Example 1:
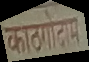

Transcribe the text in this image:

काठगोदाम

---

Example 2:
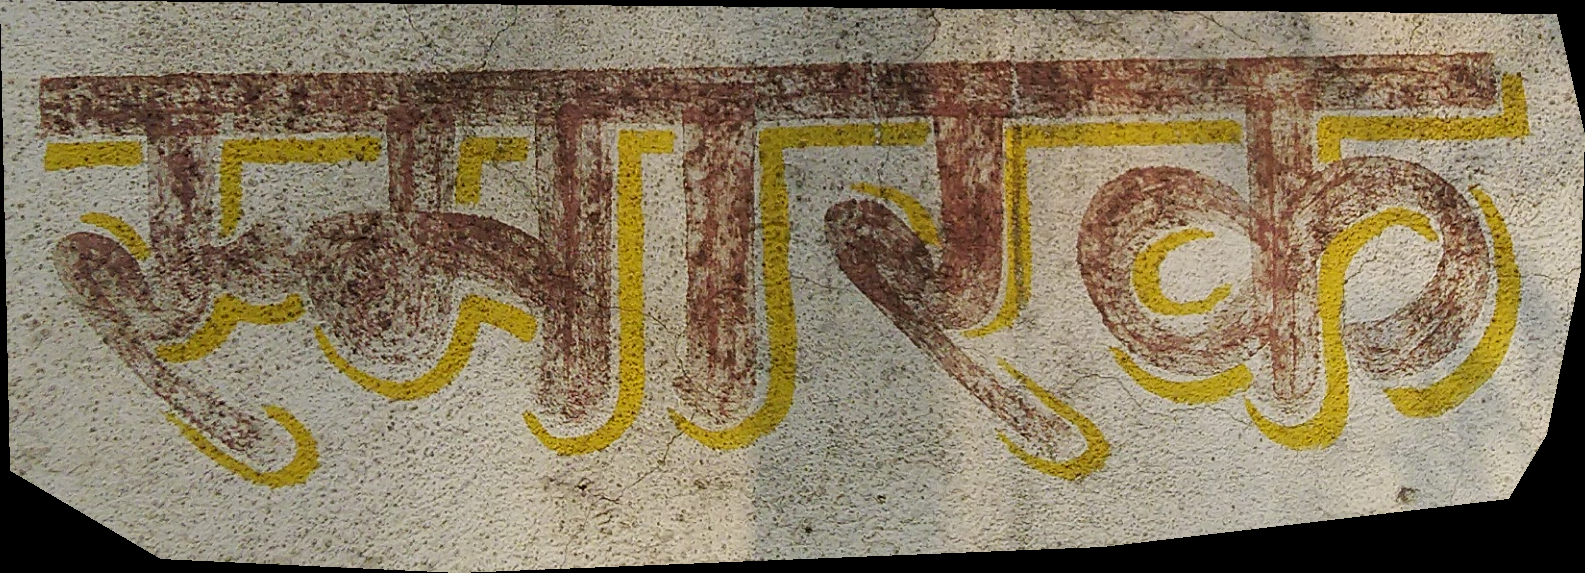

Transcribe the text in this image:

स्मारक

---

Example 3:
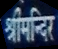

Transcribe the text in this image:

श्रीमन्दिर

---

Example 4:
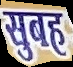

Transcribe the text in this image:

सुबह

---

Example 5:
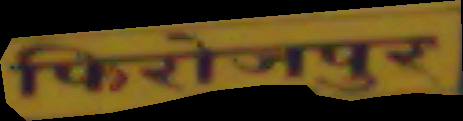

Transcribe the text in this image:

फिरोजपुर